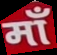
माँ